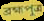
ব্রহ্মপুত্র